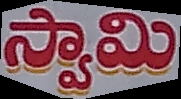
స్వామి